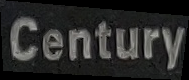
Century